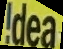
!dea